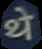
थे